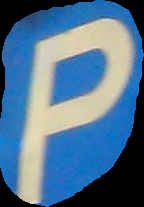
P